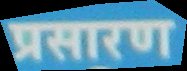
प्रसारण